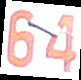
64